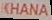
KHANA